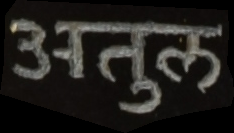
अतुल